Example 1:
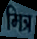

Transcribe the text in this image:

मि‍त्र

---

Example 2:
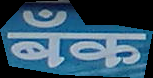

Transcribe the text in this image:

बँक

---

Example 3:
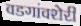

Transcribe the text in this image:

वडगांवशेरी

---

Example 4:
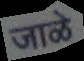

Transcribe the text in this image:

जाळे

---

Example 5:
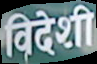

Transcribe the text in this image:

विदेशी